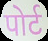
पोर्ट